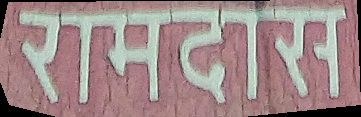
रामदास